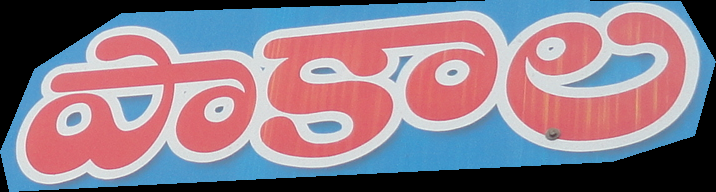
పాకాల